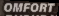
OMFORT